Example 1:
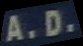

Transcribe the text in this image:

A.D.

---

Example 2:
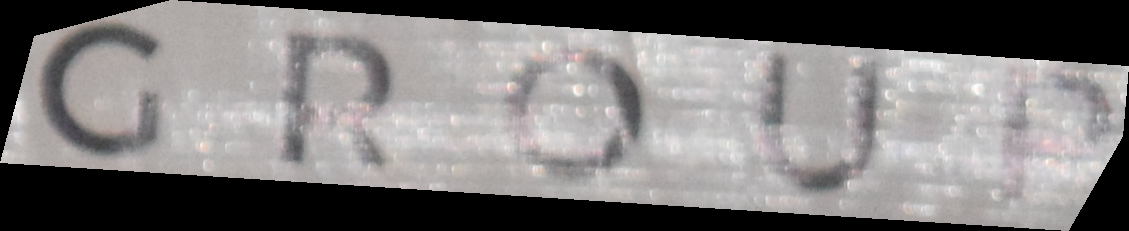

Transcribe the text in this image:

GROUP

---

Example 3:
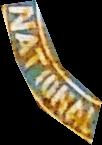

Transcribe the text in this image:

NATIONAL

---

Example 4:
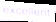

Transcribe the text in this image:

excellent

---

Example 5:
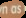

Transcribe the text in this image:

as